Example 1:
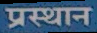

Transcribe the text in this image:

प्रस्थान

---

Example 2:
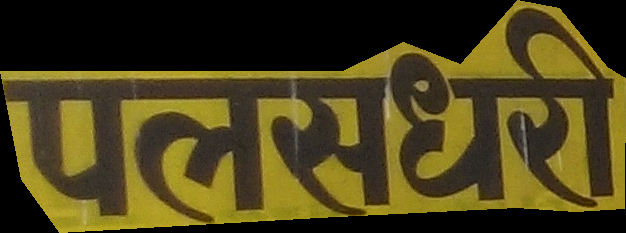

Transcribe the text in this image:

पलसधरी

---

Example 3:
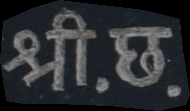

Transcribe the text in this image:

श्री. छ.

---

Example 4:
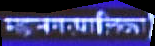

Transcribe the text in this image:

महानगरपालिका)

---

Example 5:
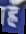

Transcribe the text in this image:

है